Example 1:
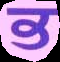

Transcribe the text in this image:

ਭ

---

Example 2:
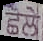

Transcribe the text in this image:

ਛੇਲੇ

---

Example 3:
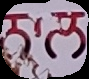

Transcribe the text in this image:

ਨਾਲ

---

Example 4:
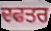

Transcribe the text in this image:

ਦਫਤਰ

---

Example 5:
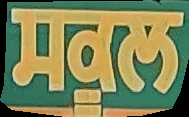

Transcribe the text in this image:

ਸਕੂਲ